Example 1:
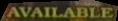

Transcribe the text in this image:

AVAILABLE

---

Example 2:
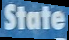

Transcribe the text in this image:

State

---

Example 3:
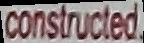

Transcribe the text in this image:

constructed.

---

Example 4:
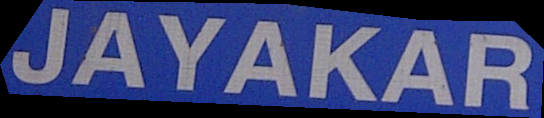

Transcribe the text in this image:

JAYAKAR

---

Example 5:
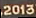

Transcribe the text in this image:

2013